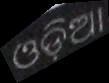
ଓଡ଼ିଆ